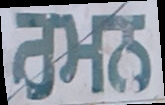
ਰਮਨ